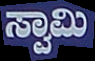
ಸ್ವಾಮಿ